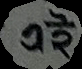
এই